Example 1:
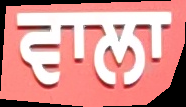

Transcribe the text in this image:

ਵਾਲਾ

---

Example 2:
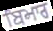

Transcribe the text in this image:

ਬਿਮਾਰ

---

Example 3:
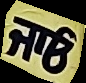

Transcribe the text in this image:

ਜਾਓ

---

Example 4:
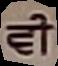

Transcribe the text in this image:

ਵੀ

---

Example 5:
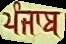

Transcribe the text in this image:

ਪੰਜਾਬ